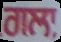
ਗਲਾ